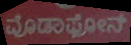
ವೊಡಾಫೋನ್